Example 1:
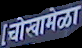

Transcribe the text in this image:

[चोखामेळा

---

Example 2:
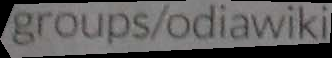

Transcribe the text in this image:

groups/odiawiki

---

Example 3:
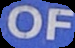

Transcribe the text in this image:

OF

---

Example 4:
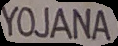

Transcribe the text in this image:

YOJANA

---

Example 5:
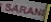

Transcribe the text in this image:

SARAN